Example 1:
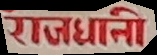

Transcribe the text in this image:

राजधानी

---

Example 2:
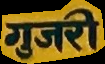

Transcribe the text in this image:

गुजरी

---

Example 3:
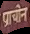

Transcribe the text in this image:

प्राचीन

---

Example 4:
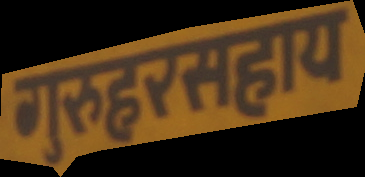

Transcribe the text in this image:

गुरुहरसहाय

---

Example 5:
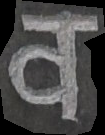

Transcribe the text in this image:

व